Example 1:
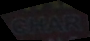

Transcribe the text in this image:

GHAR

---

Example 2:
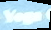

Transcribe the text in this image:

Yoga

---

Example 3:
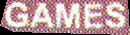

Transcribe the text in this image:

GAMES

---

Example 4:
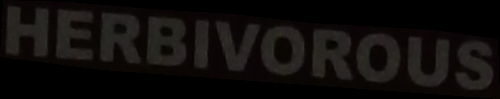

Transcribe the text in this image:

HERBIVOROUS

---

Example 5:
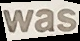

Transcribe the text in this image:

was